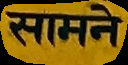
सामने